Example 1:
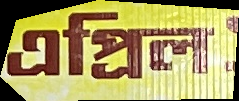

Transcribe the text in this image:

এপ্রিল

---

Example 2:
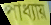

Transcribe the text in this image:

পাধ্যায়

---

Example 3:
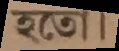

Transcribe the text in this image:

হতো৷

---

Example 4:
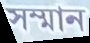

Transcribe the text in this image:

সম্মান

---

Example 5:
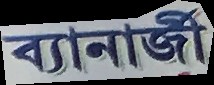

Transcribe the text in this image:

ব্যানার্জী